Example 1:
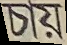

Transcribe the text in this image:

চায়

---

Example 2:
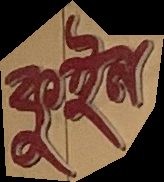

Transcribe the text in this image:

কুইন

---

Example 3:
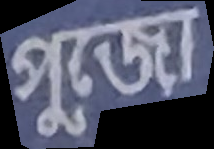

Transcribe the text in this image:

পুজো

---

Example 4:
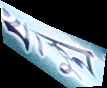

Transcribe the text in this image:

থাকুন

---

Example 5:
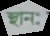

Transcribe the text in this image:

স্থান: